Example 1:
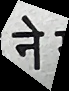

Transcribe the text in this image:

ने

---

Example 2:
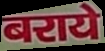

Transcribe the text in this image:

बराये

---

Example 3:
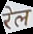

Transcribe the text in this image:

रेल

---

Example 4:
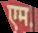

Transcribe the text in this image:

एम.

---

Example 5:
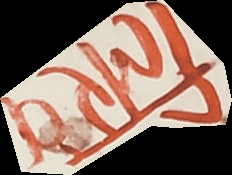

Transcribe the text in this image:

लिख